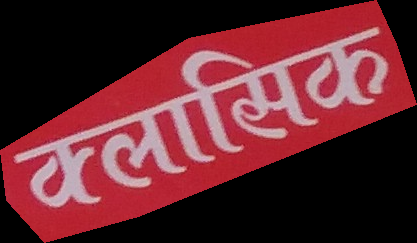
क्लासिक